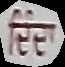
ਦਿੰਦਾ